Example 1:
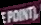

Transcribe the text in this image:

POINT).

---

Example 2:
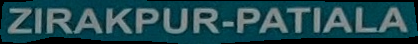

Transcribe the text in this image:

ZIRAKPUR-PATIALA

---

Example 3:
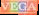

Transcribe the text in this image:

VEGA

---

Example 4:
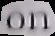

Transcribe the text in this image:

on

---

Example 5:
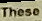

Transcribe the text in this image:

These